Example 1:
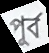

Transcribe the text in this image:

পুর্ব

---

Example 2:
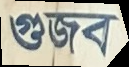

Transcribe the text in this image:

গুজব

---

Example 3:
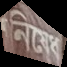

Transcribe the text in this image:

নিষেধ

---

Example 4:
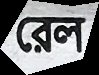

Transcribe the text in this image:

রেল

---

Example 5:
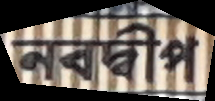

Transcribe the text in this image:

নবদ্বীপ